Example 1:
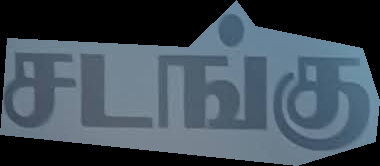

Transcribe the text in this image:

சடங்கு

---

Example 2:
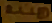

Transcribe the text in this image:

உட்புற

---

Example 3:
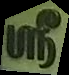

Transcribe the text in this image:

பநீ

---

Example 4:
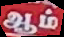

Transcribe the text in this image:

ஆம்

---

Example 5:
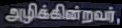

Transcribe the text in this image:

அழிக்கின்றவர்,